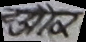
और